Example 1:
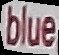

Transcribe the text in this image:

blue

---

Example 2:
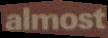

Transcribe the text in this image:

almost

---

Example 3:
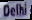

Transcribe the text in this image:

Delhi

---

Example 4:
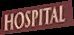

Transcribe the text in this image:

HOSPITAL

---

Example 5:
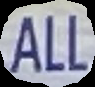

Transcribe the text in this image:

ALL